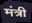
मंत्री